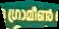
ഗ്രാമീൺ